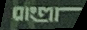
বাংলা